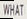
WHAT